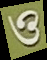
ও